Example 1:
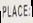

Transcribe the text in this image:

PLACE:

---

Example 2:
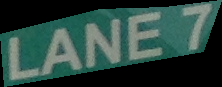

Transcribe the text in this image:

LANE7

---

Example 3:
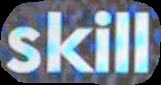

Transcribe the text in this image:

skill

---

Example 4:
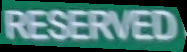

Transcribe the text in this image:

RESERVED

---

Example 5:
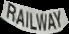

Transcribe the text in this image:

RAILWAY